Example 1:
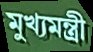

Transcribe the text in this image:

মুখ্যমন্ত্রী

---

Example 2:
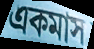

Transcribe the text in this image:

একমাস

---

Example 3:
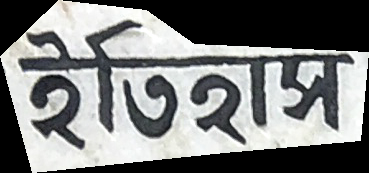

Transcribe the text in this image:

ইতিহাস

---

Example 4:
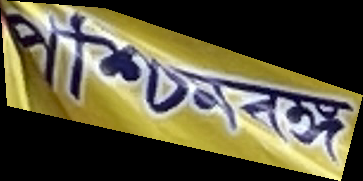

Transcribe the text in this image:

পশ্চিমবঙ্গ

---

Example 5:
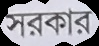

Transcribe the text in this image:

সরকার